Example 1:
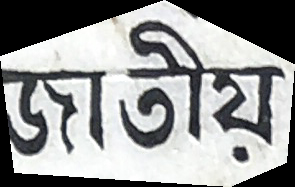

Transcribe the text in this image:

জাতীয়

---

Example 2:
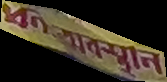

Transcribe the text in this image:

ধর্না অবস্থান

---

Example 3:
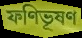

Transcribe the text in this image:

ফণিভূষণ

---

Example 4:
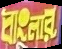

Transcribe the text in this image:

বাংলার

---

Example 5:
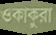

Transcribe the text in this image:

ওকাকুরা